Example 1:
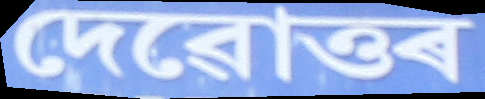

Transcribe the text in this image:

দেৱোত্তৰ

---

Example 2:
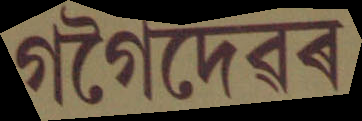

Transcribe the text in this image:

গগৈদেৱৰ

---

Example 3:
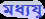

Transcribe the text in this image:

মধ্যযু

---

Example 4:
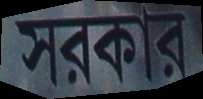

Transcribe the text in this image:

সরকার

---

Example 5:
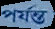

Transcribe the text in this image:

পৰ্যন্ত